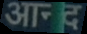
आनद